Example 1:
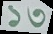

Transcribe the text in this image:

১৩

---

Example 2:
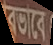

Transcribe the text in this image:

বভাবে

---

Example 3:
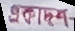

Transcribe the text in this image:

একাদশ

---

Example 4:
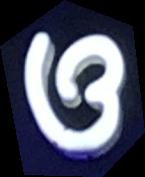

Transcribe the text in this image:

ও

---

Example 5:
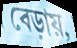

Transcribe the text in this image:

বেড়ায়,